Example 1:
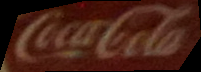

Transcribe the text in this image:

CocaCola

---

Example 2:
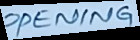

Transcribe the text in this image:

OPENING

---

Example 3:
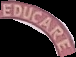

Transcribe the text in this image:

EDUCARE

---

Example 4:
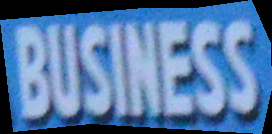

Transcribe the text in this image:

BUSINESS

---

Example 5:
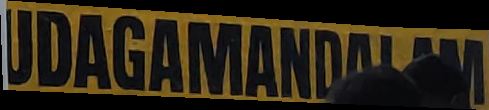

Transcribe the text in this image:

UDAGAMANDALAM